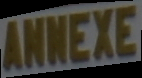
ANNEXE